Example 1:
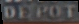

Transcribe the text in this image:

DEPOT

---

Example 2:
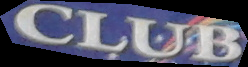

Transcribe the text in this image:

CLUB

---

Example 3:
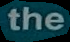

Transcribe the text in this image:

the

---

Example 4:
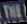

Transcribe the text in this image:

THE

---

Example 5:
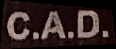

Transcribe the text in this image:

C.A.D.